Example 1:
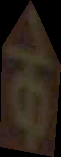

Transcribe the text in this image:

के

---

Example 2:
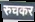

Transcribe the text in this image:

रुचकर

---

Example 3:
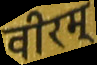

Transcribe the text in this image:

वीरम्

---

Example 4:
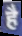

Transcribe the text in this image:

है॓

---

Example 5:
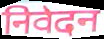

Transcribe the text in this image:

निवेदन